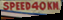
SPEED40KM